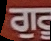
ਗੁ